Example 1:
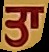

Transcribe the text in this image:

ਤਾ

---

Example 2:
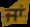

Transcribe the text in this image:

ਜਾਂ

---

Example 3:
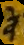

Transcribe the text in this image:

ਕੇ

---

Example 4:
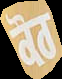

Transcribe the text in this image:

ਕੌਰ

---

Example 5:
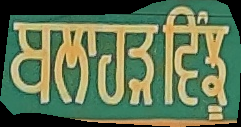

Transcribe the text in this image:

ਬਲਾਹੜਵਿੰਡੂ